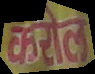
करोल